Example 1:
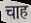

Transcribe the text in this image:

चाह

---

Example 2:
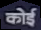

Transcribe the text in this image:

कोई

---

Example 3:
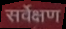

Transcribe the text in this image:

सर्वेक्षण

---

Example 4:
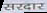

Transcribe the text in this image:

सरदार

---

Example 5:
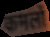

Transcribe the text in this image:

कमलों